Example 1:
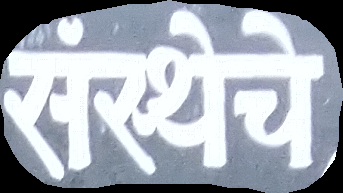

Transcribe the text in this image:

संस्‍थेचे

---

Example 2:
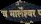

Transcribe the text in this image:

मार्लेश्‍वर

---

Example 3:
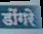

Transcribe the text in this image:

डोंगरे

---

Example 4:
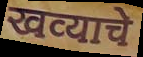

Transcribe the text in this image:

खव्याचे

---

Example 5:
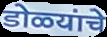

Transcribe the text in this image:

डोळ्यांचे